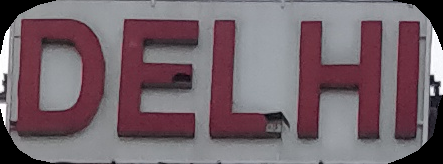
DELHI